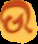
ଉ